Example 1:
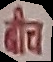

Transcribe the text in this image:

बीच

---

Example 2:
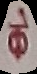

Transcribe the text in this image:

के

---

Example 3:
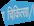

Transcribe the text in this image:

चिकित्सा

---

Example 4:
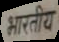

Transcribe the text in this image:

भारतीय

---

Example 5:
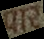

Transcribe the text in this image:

पार